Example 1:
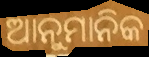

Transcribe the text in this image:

ଆନୁମାନିକ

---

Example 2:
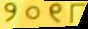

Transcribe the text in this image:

୨୦୧୮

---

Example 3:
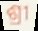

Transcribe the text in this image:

ଶ୍ରୀ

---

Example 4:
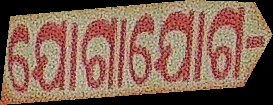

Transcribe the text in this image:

ଯୋଗାଯୋଗ-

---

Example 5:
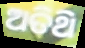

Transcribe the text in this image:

ଅତିଥି